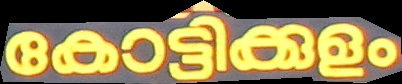
കോട്ടിക്കുളം